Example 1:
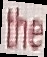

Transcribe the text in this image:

the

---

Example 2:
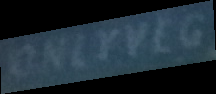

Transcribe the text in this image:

ONLYVEG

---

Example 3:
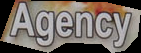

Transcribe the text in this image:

Agency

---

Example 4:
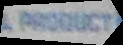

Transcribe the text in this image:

PRODUCT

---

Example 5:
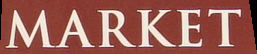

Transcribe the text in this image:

MARKET